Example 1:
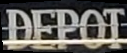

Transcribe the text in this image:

DEPOT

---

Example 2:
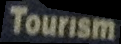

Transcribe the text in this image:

Tourism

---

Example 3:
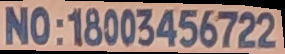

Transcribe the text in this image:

NO:18003456722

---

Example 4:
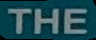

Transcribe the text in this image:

THE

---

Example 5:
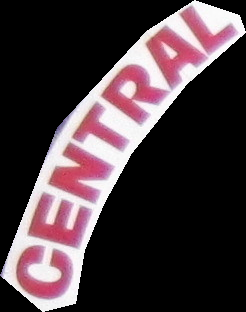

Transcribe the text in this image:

CENTRAL